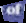
of